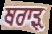
ਥਰਾੜ